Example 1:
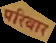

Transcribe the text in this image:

परिवार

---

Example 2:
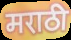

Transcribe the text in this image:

मराठी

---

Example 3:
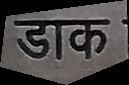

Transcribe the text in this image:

डाक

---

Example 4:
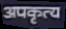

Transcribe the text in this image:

अपकृत्य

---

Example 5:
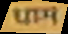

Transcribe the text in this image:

धाम